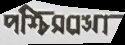
পশ্চিমএসা